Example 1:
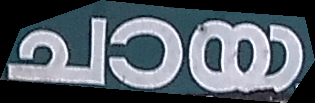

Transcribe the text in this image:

ചായ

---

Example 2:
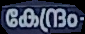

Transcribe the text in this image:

കേന്ദ്രം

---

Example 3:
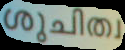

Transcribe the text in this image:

ശുചിത്വ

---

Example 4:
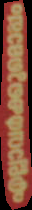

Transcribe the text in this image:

എല്ലാവർക്കുമൊപ്പം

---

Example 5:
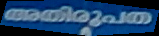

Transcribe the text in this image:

അതിരൂപത